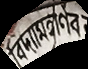
বিদ্যামরাণর